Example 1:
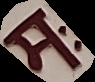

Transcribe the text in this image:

ਸ:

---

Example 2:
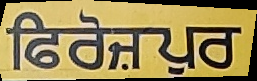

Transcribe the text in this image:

ਫਿਰੋਜ਼ਪੁਰ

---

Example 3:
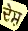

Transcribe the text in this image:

ਦੇਸ਼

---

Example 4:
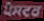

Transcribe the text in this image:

ਪੇਸਟਰ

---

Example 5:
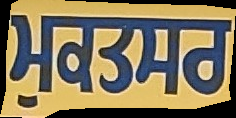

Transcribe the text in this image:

ਮੁਕਤਸਰ